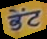
ਭੇਂਟ